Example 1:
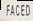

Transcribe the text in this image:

FACED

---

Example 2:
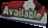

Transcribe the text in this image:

Available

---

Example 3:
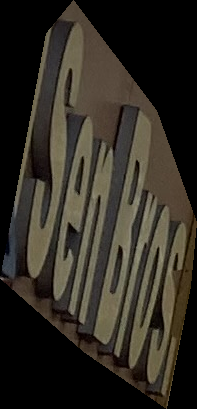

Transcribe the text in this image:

SenBros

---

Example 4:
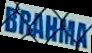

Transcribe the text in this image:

BRAHMA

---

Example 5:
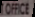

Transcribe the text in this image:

OFFICE